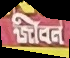
জীবন